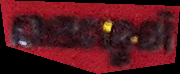
തലശ്ശേരി